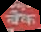
बैक